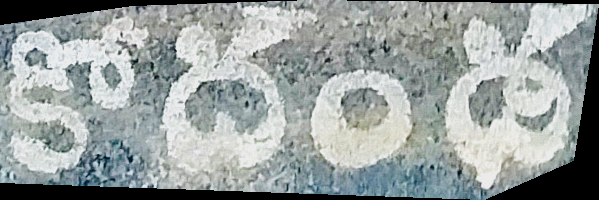
కోదండ